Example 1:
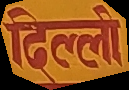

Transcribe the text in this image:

दिल्ली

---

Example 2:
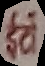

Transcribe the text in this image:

ईटों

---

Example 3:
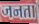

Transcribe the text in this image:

जनता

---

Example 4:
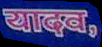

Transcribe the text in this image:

यादव,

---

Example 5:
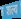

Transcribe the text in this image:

शल्य